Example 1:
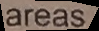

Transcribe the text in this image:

areas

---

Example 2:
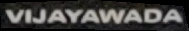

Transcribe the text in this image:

VIJAYAWADA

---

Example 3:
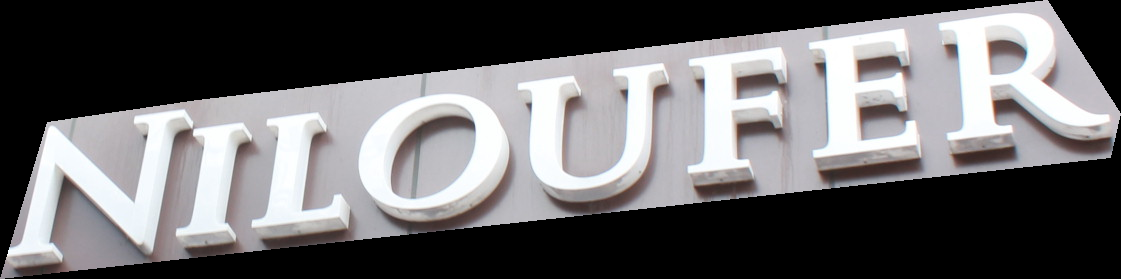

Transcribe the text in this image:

NILOUFER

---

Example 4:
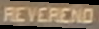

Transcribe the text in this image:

REVEREND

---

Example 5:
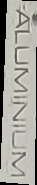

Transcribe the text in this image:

ALUMINIUM